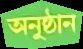
অনুষ্ঠান